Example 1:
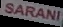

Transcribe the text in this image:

SARANI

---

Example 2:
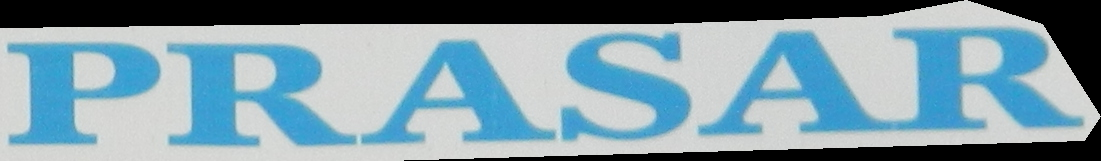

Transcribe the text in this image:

PRASAR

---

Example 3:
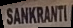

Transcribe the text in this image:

SANKRANTI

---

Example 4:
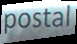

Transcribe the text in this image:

postal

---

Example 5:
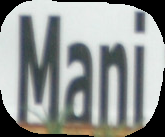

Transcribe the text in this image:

Mani